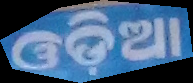
ଓଡ଼ିଆ